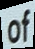
of